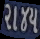
૨ાજય